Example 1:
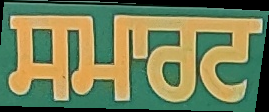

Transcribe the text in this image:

ਸਮਾਰਟ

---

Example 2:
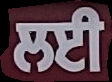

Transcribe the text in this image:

ਲਈ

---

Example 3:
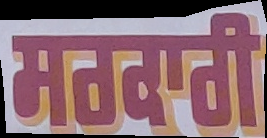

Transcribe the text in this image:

ਸਰਕਾਰੀ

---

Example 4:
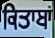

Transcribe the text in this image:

ਕਿਤਾਬਾਂ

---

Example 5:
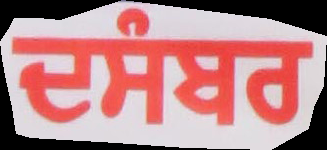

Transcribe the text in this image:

ਦਸੰਬਰ